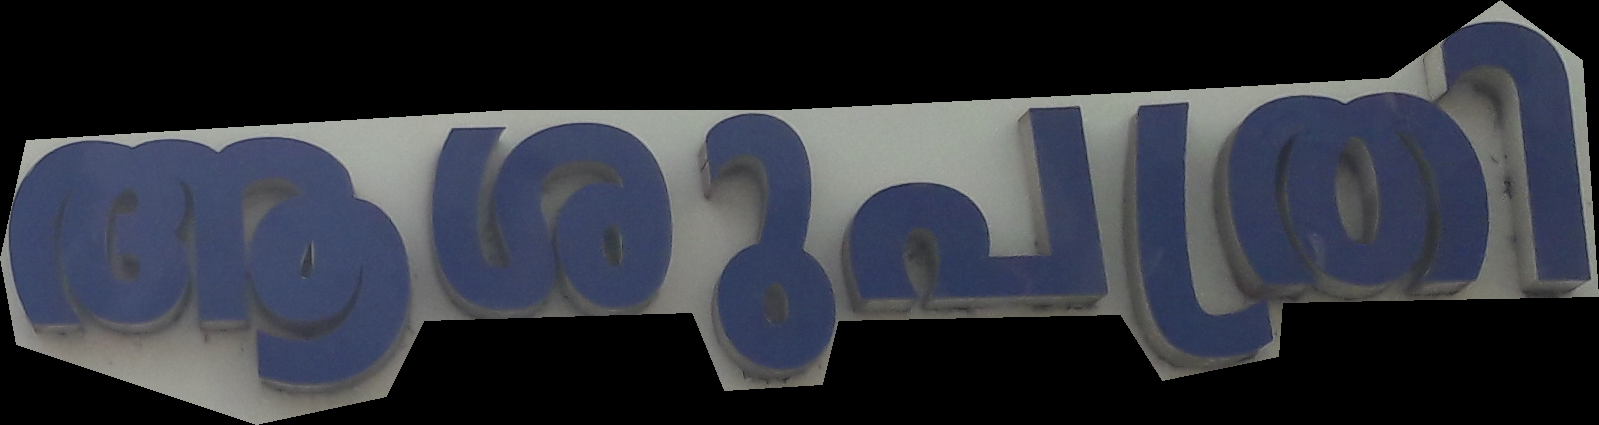
ആശുപത്രി